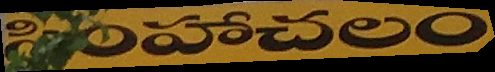
సింహాచలం